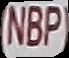
NBP